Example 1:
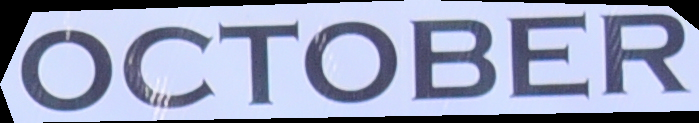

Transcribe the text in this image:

OCTOBER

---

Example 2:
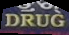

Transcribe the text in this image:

DRUG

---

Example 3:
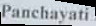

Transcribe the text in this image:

Panchayati.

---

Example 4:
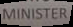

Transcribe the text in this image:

MINISTER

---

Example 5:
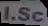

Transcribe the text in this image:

I.Sc